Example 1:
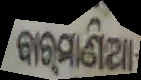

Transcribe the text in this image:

ବାରମାଣିଆ-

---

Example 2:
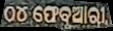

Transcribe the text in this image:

୦୪ ଫେବୃଆରୀ,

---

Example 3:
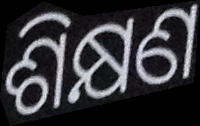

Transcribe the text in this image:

ଶିକ୍ଷଣ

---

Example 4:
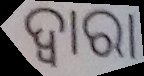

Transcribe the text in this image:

ଦ୍ବାରା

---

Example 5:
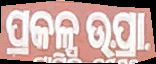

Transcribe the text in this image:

ପ୍ରକଳ୍ପ ଉ.ପ୍ରା.